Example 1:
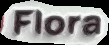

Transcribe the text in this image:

Flora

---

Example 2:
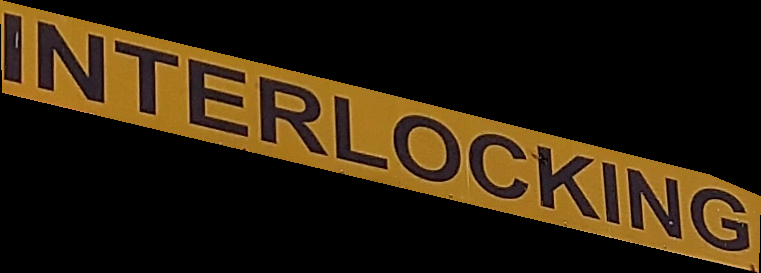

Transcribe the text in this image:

INTERLOCKING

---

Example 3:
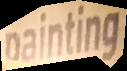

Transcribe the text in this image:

painting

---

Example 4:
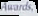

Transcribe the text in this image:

Awards,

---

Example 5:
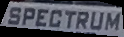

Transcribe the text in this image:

SPECTRUM